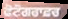
ਫੋਟੋਗਰਾਫ਼ਰ